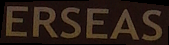
ERSEAS